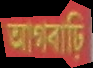
আগবাঢ়ি